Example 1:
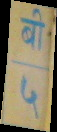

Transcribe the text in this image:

बी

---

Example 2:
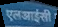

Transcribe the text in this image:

एलआईसी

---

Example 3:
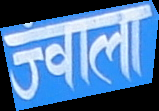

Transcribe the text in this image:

ज्वाला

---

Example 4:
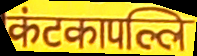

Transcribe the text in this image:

कंटकापल्लि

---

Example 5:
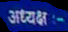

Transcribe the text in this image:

अध्यक्ष:-